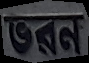
ভৱন